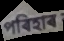
পৰিহাৰ